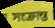
সংক্রান্ত